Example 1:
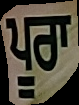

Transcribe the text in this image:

ਪੂਰਾ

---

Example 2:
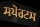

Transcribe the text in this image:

ਸਪੋਰਟਸ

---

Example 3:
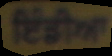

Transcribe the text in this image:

ਇੰਡੀਆ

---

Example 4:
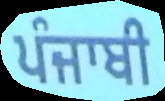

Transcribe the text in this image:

ਪੰਜਾਬੀ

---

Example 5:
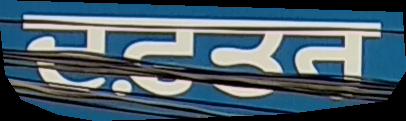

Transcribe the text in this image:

ਦਫ਼ਤਰ